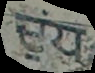
ਦੁੱਧ